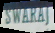
SWARAJ